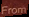
From